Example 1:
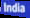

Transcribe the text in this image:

India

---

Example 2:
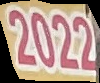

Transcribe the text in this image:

2022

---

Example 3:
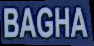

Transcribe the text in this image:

BAGHA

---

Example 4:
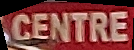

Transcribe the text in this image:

CENTRE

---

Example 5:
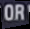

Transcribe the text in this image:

OR